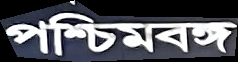
পশ্চিমবঙ্গ